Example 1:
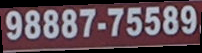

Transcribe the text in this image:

98887-75589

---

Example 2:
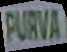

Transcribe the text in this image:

PURVA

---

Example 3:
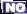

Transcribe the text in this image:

NO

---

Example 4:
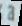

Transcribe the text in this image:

a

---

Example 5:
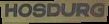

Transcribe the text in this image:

HOSDURG